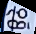
ਉਠੇ